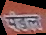
मंडल